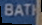
BAT